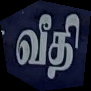
வீதி